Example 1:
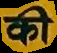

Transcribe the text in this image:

की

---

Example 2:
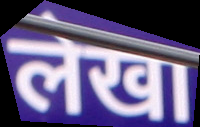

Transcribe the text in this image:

लेखा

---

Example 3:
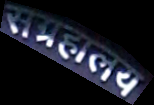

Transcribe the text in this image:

सग्रहालय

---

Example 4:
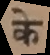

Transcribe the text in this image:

के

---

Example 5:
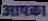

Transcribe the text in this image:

आपका